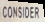
CONSIDER